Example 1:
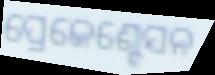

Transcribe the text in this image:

ପ୍ରେଜେଣ୍ଟେସନ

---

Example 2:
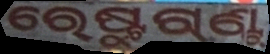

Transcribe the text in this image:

ରେଷ୍ଟଗଣ୍ଟ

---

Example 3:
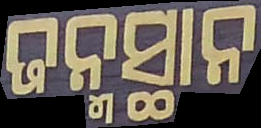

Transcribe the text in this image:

ଜନ୍ମସ୍ଥାନ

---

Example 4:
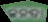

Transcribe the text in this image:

ଳନତା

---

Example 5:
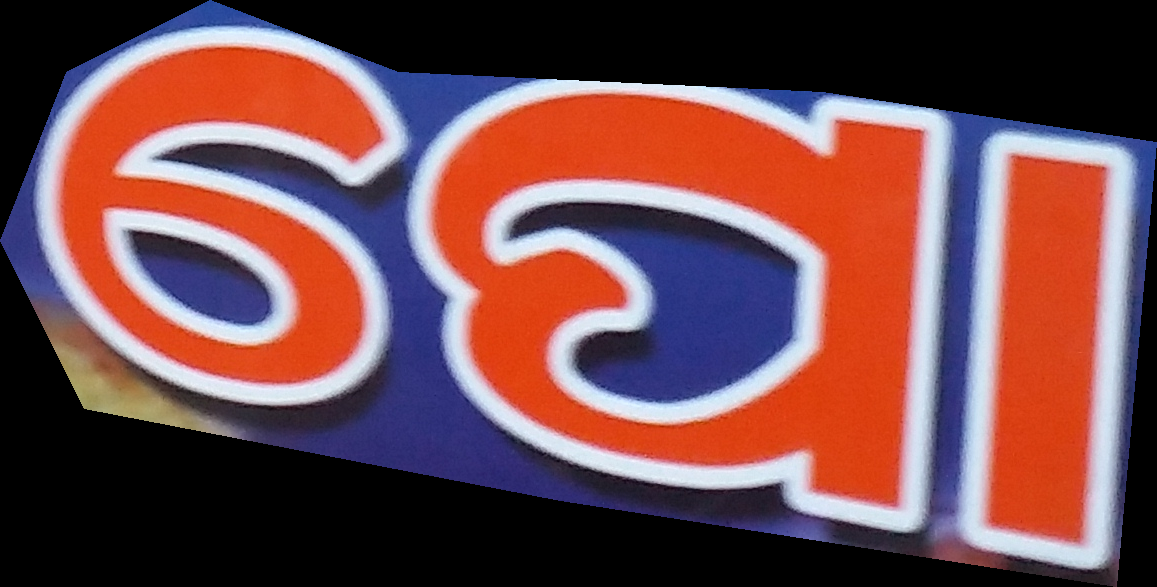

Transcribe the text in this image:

ପୋ